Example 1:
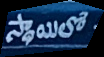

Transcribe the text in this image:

స్థాయిలో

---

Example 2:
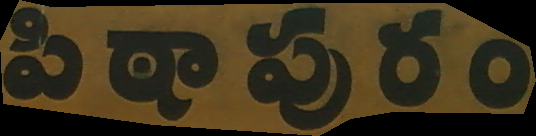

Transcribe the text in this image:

పిఠాపురం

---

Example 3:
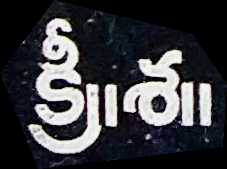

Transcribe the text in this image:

క్రీ॥శ॥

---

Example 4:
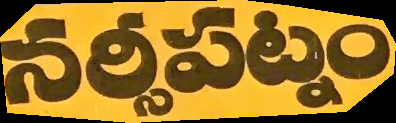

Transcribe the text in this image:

నర్సీపట్నం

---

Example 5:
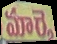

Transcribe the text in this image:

మార్కె